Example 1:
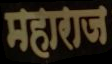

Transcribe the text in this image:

महाराज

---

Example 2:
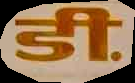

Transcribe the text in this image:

डी.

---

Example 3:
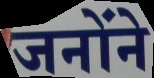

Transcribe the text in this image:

जनोंने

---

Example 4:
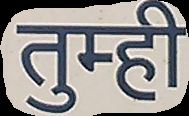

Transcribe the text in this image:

तुम्ही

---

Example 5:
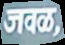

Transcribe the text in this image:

जवळ,